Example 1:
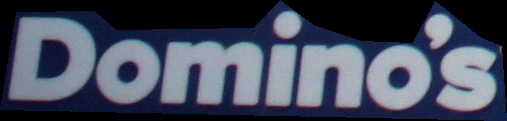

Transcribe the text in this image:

Domino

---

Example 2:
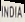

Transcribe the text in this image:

INDIA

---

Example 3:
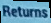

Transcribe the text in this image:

Returns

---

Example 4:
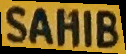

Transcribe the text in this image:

SAHIB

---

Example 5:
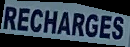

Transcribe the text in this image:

RECHARGES